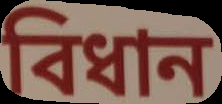
বিধান